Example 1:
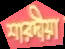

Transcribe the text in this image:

শারদীয়া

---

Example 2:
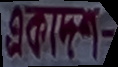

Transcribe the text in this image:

একাদশ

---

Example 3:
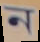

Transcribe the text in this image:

ন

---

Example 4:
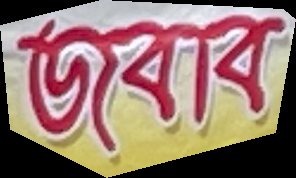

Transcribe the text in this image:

জবাব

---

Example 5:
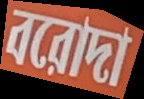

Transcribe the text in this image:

বরোদা